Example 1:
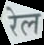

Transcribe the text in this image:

रेल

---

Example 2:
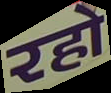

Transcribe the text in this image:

रहो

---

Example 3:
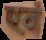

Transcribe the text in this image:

एवं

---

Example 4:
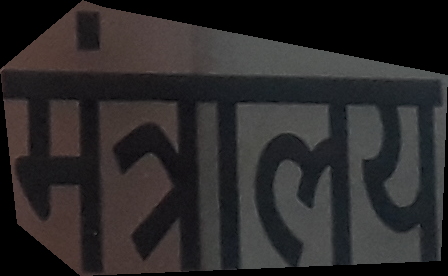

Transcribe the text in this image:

मंत्रालय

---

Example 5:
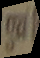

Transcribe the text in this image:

एवं